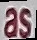
as